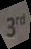
3rd